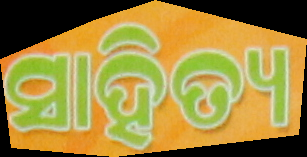
ସାହିତ୍ୟ